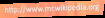
http://www.mr.wikipedia.org